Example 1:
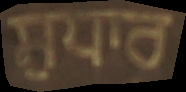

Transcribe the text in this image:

ਸੁਧਾਰ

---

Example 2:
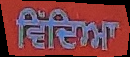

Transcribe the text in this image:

ਵਿੱਦਿਆ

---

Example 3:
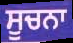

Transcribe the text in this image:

ਸੂਚਨਾ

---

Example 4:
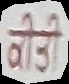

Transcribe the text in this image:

ਕੀਤੀ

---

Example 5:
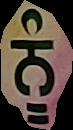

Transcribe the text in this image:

ਨੂੰ